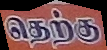
எதற்கு